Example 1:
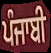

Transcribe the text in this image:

ਪੰਜਾਬੀ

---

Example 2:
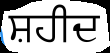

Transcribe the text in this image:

ਸ਼ਹੀਦ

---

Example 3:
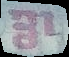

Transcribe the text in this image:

ਡਾ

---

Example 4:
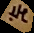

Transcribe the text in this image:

ਮਾਂ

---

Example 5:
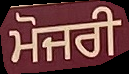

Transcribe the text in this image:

ਮੋਜਰੀ